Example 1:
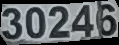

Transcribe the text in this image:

30246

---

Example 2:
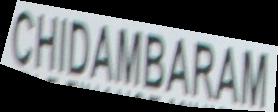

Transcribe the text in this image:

CHIDAMBARAM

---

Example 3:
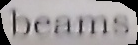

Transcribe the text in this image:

beams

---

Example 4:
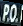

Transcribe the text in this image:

P.O.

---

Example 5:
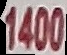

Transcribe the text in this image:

1400